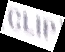
CLIP